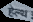
हेल्‍थ